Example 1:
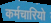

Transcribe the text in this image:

कर्मचारियो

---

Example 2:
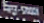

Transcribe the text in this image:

मैसूर-570001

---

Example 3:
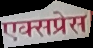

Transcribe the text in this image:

एक्सप्रेस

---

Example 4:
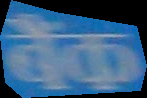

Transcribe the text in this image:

बैंक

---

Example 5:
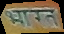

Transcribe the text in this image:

भारत